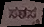
ಸಶಸ್ತ